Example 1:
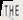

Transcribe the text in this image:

THE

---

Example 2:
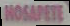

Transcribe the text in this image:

HOSAPETE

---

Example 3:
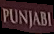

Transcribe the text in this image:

PUNJABI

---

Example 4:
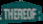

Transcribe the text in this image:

THEREOF:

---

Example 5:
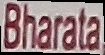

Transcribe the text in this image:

Bharata